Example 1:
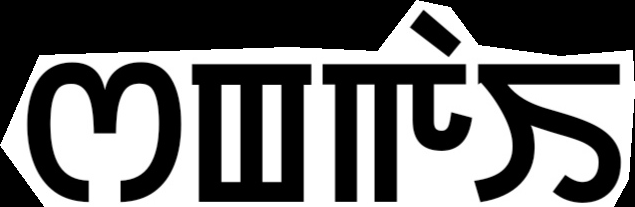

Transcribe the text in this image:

ꯁꯡꯒꯥꯏ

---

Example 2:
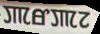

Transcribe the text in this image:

ꯄꯔꯄꯖ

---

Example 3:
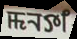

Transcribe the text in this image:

ꯃꯜꯇꯤ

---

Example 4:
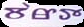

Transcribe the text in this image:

ꯕꯥꯔꯇ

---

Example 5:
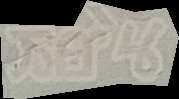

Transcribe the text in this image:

ꯏꯔ ꯥꯠ